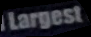
Largest